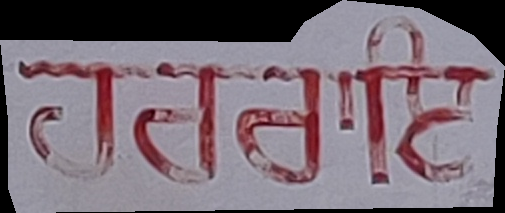
ਹਰਰਾਇ